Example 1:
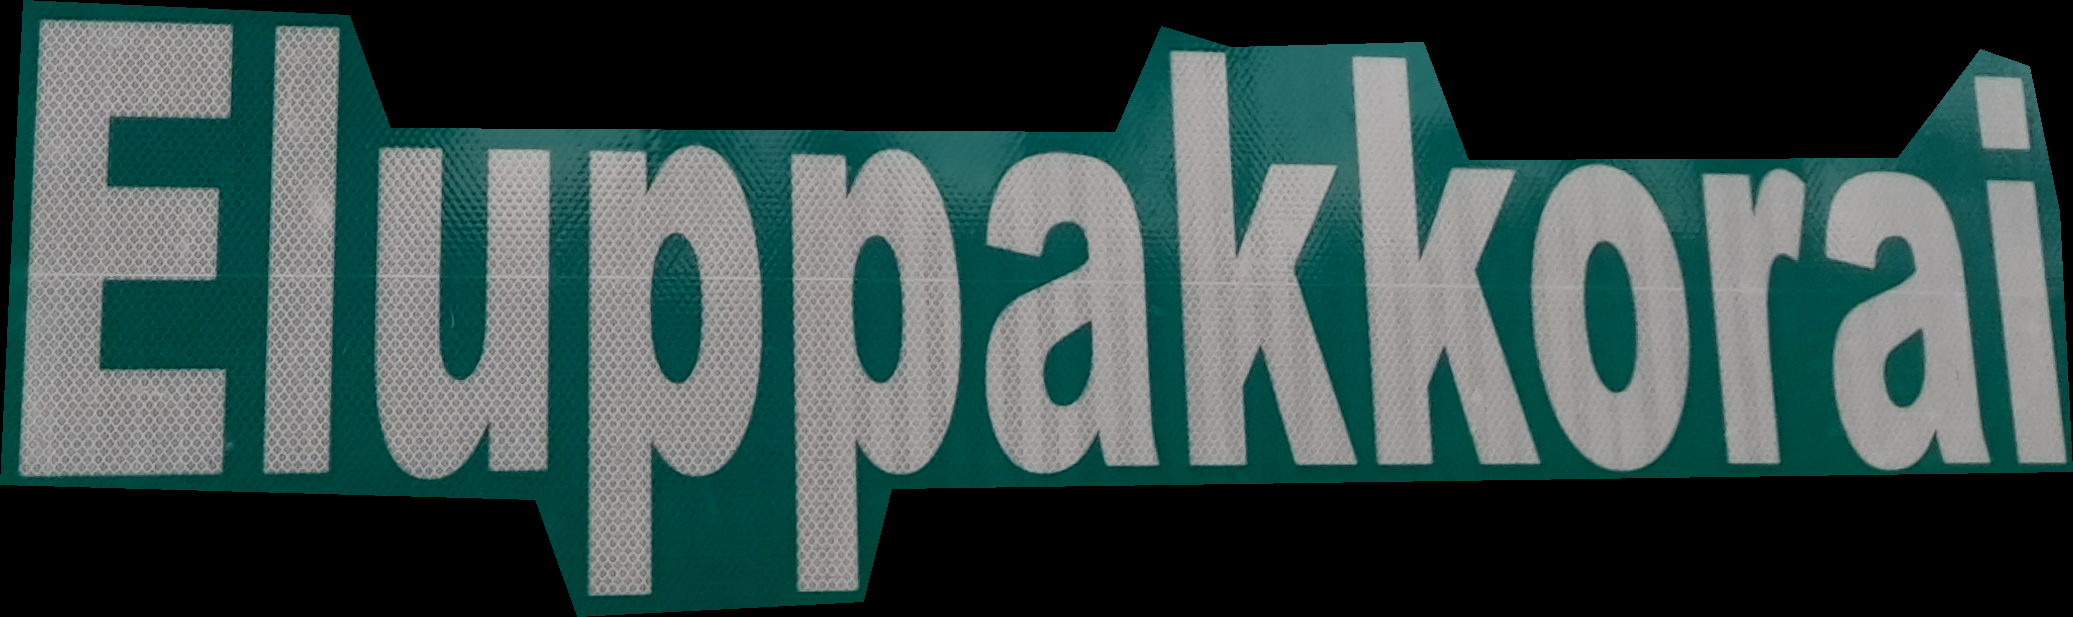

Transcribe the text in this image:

Eluppakkorai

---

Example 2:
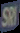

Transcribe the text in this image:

SRI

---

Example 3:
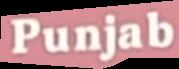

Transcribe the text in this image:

Punjab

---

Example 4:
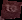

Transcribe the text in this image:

to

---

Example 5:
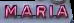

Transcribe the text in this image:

MARIA